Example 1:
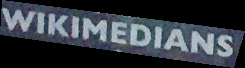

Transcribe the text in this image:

WIKIMEDIANS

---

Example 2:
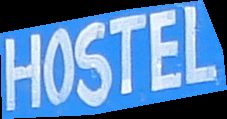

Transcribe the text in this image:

HOSTEL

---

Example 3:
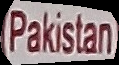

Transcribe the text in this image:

Pakistan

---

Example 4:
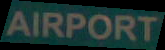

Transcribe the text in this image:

AIRPORT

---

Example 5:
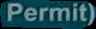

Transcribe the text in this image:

Permit)